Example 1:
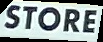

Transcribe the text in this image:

STORE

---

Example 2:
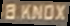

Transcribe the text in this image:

8 KNOX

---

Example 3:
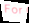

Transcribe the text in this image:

For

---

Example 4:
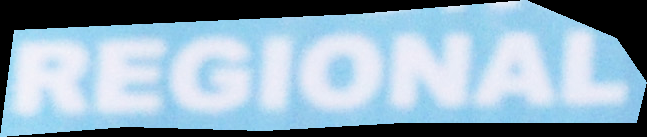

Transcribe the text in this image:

REGIONAL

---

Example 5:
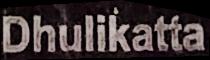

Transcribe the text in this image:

Dhulikatta